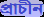
প্রাচীন